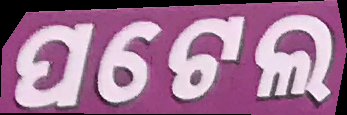
ପଟେଲ